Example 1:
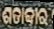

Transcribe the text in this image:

ଶତାବ୍ଦୀର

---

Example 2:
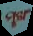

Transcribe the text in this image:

ମୁଖ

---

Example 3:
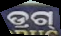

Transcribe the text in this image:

ଡ୍ରଗ୍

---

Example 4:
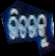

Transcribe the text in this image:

ଭିତରକୁ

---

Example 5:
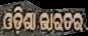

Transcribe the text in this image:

ଓଡ଼ିଶା ଭାରତର